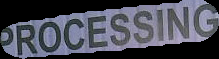
PROCESSING